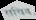
सचिव